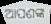
ଆପଣଙ୍କ